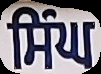
ਸਿੰਘ